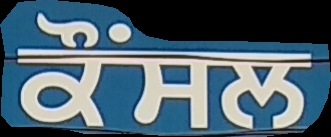
ਕੌਂਸਲ